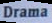
Drama